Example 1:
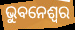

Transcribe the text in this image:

ଭୁବନେଶ୍ବର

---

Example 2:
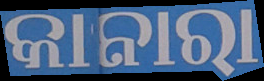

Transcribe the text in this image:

କାଜାରା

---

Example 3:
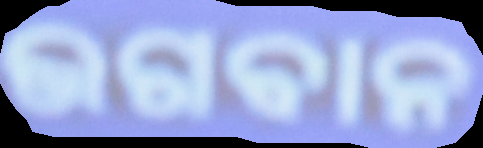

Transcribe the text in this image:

ଭଗବାନ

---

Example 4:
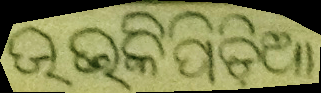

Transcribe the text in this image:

ଉଇକିପିଡ଼ିଆ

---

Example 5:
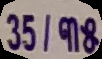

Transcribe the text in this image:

35/୩୫